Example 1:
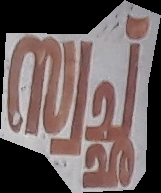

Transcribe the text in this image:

സ്വച്ച്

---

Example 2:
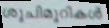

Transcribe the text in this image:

ശുചിമുറികൾ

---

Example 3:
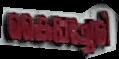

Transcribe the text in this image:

കൈവച്ചേരി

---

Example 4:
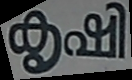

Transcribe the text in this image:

കൃഷി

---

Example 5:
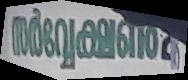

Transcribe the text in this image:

സർവ്വേക്ഷണം